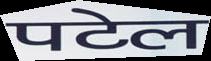
पटेल